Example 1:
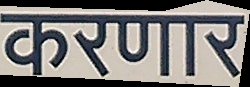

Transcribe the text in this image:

करणार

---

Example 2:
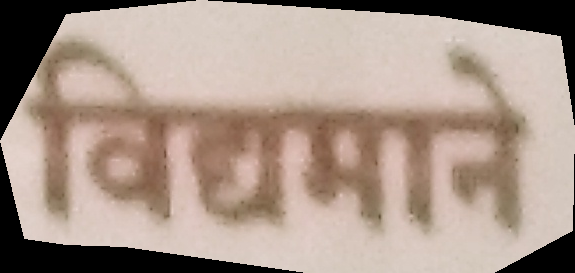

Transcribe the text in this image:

विद्यमाने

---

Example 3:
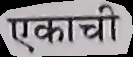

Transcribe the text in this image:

एकाची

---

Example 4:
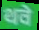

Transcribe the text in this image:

थवे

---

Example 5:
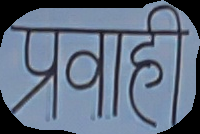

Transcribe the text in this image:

प्रवाही